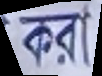
করা